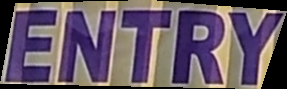
ENTRY